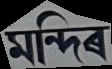
মন্দিৰ